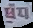
ਬੁੱਧ